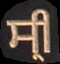
ਸ੍ਰੀ